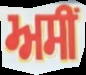
ਅਸੀਂ